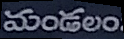
మండలం